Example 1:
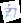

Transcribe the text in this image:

ही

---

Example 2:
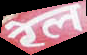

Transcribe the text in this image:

रेल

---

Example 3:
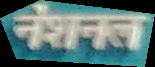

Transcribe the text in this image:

नेशनल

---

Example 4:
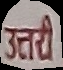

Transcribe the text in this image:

उत्तरी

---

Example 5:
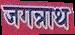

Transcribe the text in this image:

जगन्नाथ